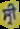
ਸ੍ਰੀ